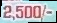
2,500/-